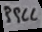
९९८८